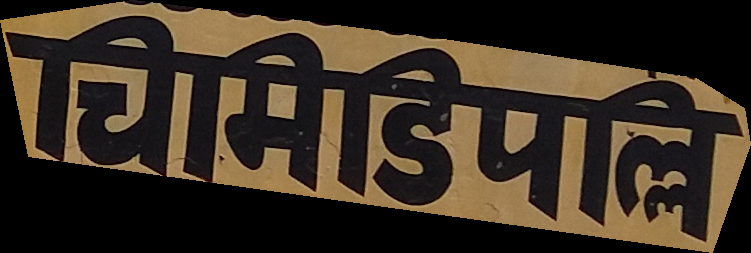
चिमिडिपल्लि